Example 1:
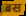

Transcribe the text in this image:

बस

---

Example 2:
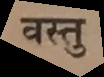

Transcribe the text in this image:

वस्तु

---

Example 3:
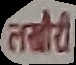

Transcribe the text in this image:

लखौरी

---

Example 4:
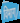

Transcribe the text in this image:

विभाग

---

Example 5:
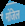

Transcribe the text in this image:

मंजिल